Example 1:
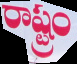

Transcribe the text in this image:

రాష్ట్రం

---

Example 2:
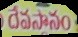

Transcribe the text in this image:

దేవసానం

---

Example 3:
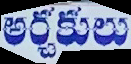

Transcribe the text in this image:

అర్చకులు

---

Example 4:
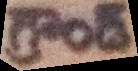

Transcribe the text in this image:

గ్రాండ్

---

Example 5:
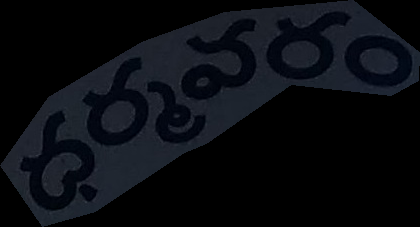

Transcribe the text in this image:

ధర్మవరం